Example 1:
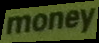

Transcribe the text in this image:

money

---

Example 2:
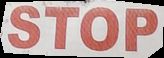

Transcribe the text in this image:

STOP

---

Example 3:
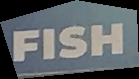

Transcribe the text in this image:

FISH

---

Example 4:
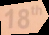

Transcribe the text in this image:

18th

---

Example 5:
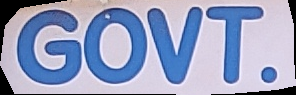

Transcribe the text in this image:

GOVT.